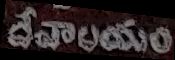
దేవాలయం